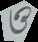
ও